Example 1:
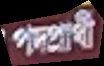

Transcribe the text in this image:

পদপ্রার্থী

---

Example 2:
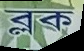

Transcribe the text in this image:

ব্লক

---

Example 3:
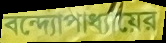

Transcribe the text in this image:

বন্দ্যোপাধ্যায়ের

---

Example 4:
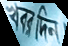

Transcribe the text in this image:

খবর দিন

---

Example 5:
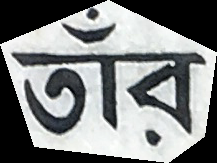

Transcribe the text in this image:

তাঁর